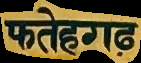
फतेहगढ़